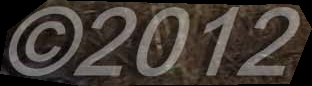
©2012